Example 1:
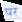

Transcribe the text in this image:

प‍र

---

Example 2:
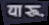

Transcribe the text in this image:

या रू.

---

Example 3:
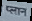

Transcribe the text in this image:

प्लान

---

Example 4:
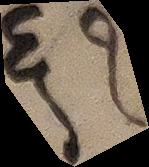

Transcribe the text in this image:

६१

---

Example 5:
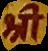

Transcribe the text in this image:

श्री